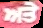
ਅਤੇ